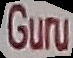
Guru